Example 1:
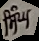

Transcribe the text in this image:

ਸਿੰਘ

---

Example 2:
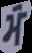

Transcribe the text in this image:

ਮੇ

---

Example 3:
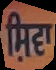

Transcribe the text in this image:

ਸ਼ਿਵਾ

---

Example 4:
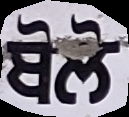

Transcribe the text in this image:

ਬੋਲੋ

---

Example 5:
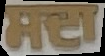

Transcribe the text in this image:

ਸਦਾ